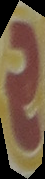
૨